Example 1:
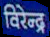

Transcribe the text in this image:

विरेन्द्र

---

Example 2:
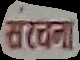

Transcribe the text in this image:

संरचना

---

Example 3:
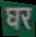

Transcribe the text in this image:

घर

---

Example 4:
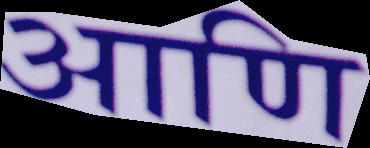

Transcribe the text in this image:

आणि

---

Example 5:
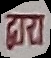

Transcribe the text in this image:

द्वारा